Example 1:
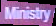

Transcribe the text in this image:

Ministry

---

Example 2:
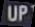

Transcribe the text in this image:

UP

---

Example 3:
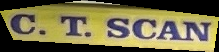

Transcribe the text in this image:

C.T.SCAN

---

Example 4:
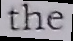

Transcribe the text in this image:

the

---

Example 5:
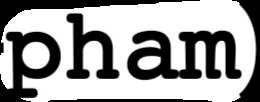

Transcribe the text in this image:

pham